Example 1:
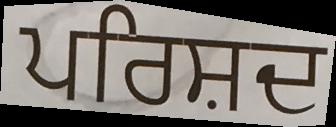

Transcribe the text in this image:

ਪਰਿਸ਼ਦ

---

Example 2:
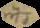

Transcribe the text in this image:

ਅੋਰ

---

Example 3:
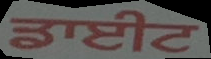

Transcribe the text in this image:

ਡਾਈਟ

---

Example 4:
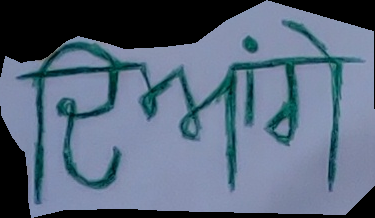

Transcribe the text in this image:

ਕਿਆਂਗੇ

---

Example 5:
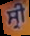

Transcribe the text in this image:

ਸ੍ਰੀ